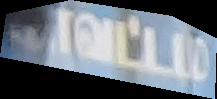
வட்டம